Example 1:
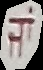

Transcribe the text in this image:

ਜਾਂ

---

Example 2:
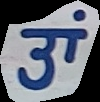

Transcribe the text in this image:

ਤਾਂ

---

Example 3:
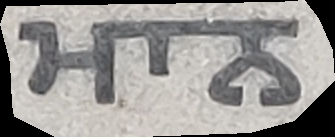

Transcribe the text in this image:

ਮਾਨ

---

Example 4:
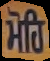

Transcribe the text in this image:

ਮੋਹਿ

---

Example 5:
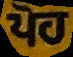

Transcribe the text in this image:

ਪੋਹ